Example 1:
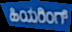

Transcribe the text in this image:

ಹಿಯರಿಂಗ್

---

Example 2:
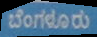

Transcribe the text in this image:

ಬೆಂಗಳೂರು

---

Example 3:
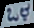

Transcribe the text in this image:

ಒಳ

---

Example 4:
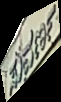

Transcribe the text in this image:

ಸುವರ್ಣ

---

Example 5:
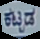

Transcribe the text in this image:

ಕಟ್ಟಡ